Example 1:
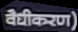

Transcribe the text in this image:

वैधीकरण)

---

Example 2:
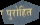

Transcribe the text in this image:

पुरोहित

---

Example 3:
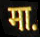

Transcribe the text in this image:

मा.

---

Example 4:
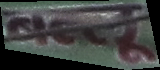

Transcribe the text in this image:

बल्लू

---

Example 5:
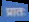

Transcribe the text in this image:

प्रातः